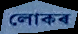
লোকৰ